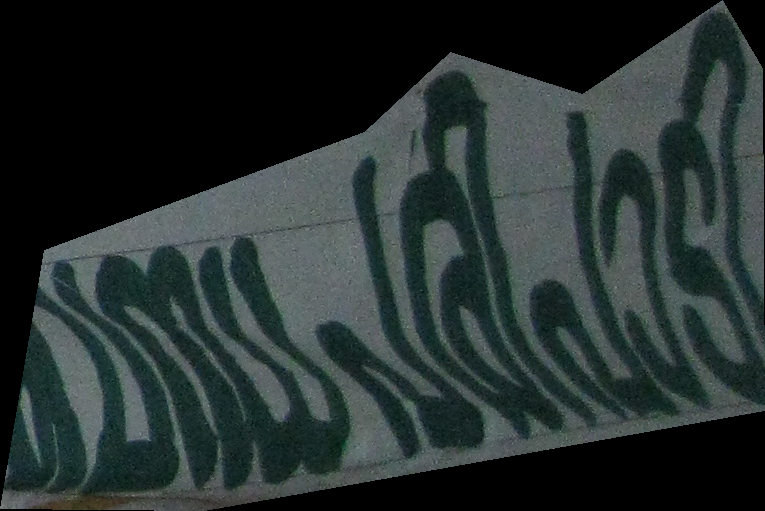
വനധപരിപാടി